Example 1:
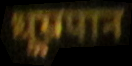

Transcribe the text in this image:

धूम्रपान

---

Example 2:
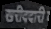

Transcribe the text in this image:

खरीददारी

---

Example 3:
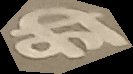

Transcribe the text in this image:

की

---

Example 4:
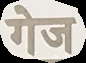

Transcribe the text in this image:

गेज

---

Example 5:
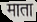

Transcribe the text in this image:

माता